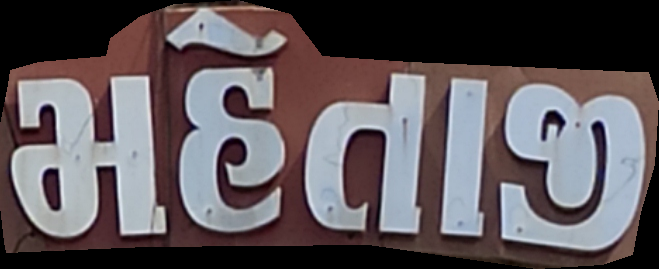
મહેતાજી